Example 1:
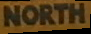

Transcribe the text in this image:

NORTH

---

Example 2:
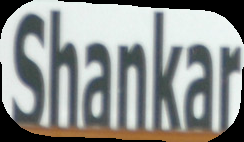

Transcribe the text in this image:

Shankar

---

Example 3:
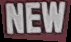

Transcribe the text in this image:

NEW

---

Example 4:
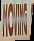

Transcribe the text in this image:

MOVING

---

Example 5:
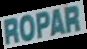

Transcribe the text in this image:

ROPAR